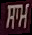
ਸਾਮ